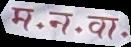
म.न.वा.